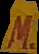
M.